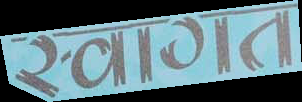
स्वागत